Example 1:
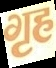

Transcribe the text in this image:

गृह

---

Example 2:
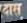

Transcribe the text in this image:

दास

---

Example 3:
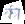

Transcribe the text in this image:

की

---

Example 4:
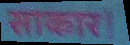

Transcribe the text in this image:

साकार।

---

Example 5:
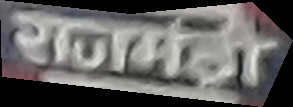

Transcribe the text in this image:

राजमंड्री